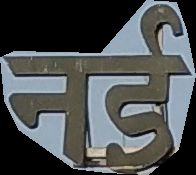
नई